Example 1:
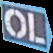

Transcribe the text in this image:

OL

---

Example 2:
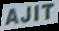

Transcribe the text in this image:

AJIT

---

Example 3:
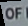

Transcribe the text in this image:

OF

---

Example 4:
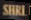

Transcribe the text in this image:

SHRI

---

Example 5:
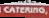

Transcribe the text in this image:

CATERINO,